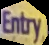
Entry